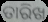
ତାରିଖ